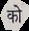
को